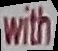
with